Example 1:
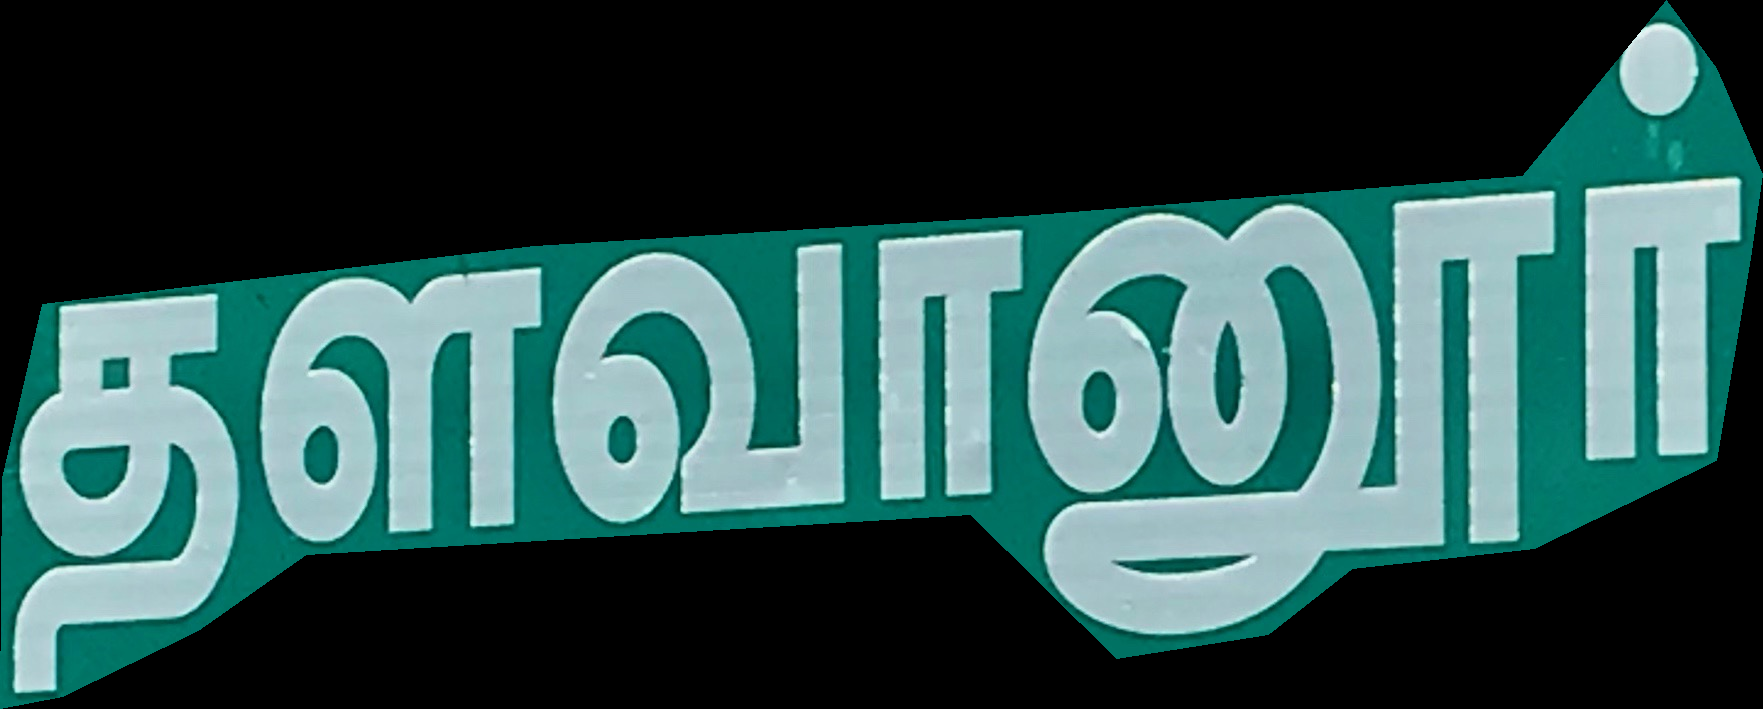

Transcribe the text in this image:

தளவானூா்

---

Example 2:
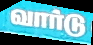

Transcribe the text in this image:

வாா்டு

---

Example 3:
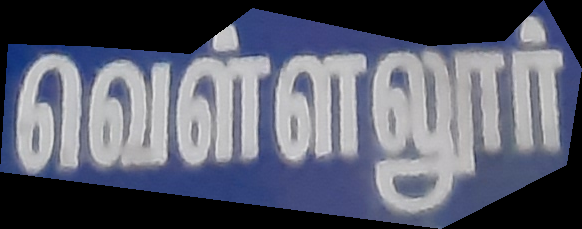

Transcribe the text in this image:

வெள்ளலூா்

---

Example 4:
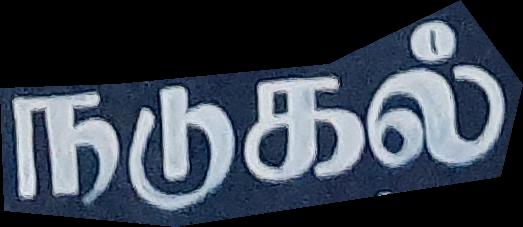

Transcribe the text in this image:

நடுகல்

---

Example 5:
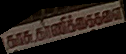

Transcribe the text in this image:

காசு காணிக்கைகளை